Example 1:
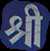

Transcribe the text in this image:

श्री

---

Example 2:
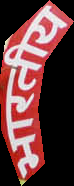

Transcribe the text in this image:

भारतीय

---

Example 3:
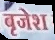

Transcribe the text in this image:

बृजेश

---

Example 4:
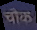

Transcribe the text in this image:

चौक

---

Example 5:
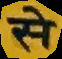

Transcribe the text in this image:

से